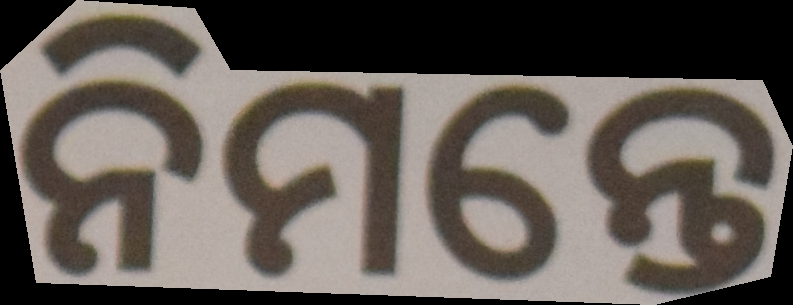
ନିମନ୍ତେ